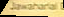
Janwarlal